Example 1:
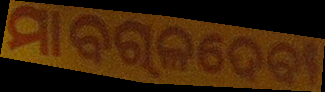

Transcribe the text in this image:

ମାବରଳରେବା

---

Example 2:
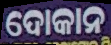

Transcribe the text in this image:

ଦୋକାନ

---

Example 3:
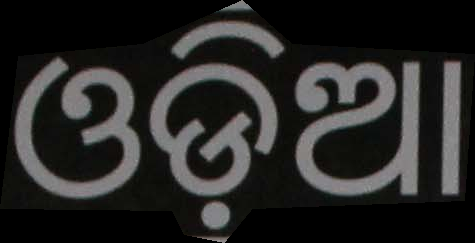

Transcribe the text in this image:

ଓଡ଼ିଆ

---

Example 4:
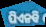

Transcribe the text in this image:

ପିଏନତି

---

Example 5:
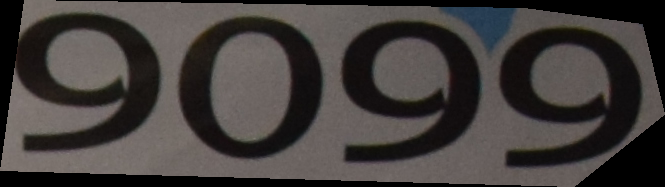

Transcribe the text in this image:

୨୦୨୨